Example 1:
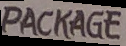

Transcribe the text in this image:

PACKAGE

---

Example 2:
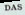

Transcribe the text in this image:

DAS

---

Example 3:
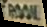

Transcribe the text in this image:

ROOM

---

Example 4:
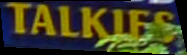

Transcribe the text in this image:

TALKIES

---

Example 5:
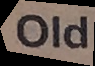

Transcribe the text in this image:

Old